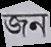
জন